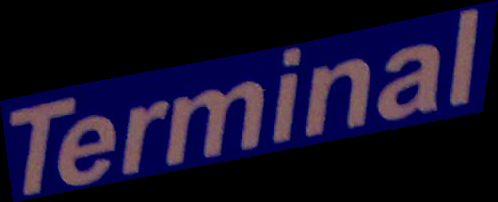
Terminal